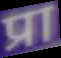
प्रा